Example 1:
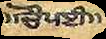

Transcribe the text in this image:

॥ਚੌਪਈ॥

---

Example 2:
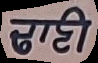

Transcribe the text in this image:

ਢਾਣੀ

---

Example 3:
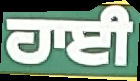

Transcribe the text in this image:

ਹਾਈ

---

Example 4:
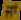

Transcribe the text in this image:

ਜਾ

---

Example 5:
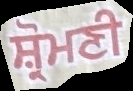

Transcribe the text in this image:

ਸ਼੍ਰੋਮਣੀ